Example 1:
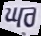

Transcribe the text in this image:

ਘਰ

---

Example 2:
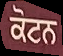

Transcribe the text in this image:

ਕੋਟਨ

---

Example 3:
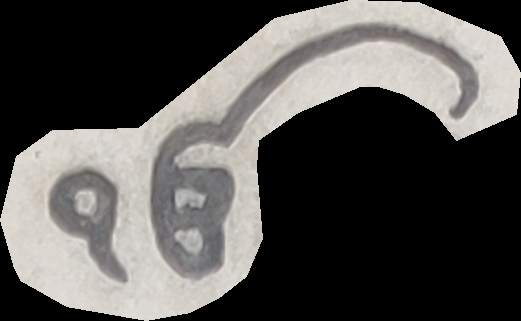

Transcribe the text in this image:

ੴ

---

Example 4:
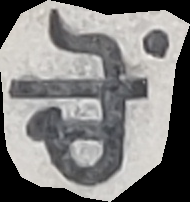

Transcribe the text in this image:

ਚੋਂ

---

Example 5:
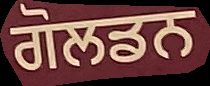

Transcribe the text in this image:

ਗੋਲਡਨ